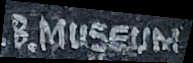
.B.MUSEUM